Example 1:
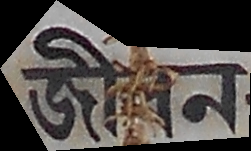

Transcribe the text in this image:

জীবন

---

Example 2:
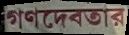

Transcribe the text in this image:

গণদেবতার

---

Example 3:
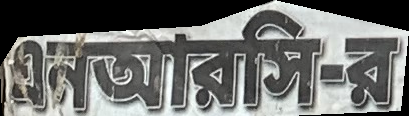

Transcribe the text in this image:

এনআরসি-র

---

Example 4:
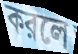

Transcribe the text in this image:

করলে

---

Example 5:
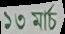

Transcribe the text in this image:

১৩মার্চ